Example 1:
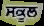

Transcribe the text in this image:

ਸਕੂਲ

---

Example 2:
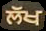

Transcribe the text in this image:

ਲੱਖ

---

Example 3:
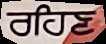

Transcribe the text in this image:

ਰਹਿਣ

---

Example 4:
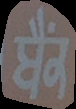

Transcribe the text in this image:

ਬੈਂਕ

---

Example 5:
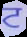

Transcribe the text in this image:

ਟ